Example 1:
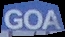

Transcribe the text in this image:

GOA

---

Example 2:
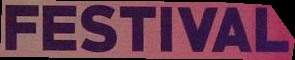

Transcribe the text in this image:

FESTIVAL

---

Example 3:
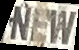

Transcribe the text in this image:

NEW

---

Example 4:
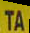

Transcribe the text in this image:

TA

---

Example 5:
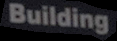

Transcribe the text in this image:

Building